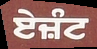
ਏਜ਼ੰਟ